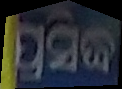
ପ୍ରସିଦ୍ଧ